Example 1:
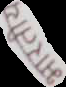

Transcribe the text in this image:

भारतीय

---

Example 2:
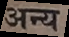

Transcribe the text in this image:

अन्य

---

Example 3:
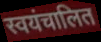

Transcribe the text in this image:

स्वयंचालित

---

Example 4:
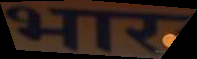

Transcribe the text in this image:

भारत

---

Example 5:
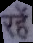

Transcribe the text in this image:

रहें